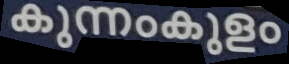
കുന്നംകുളം